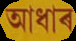
আধাৰ